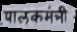
पालकमंत्री